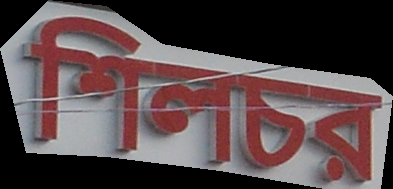
শিলচর